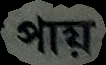
পায়